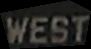
WEST